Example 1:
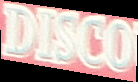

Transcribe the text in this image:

DISCO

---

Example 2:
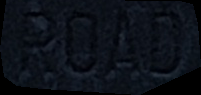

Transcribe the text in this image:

ROAD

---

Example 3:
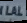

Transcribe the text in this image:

LAL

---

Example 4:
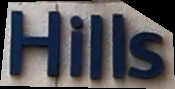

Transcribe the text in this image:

Hills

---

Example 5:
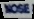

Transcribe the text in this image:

NOSE